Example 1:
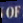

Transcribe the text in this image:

OF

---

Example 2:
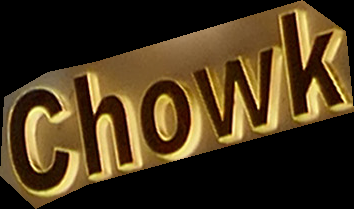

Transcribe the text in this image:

Chowk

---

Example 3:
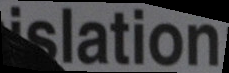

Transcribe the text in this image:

lation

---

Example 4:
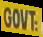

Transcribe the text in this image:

GOVT:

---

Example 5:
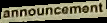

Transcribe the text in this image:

announcement